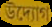
উদ্যোগ